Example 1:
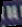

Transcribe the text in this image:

BE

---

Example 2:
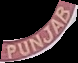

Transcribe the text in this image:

PUNJAB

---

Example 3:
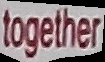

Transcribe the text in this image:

together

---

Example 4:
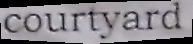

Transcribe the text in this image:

courtyard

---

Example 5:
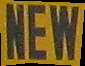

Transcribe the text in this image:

NEW